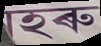
হৰু